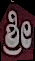
ಶ್ರೀ